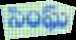
సింఘ్